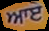
ਆਏ